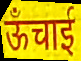
ऊँचाई